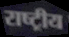
राष्ट्रीय